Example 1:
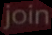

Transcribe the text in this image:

join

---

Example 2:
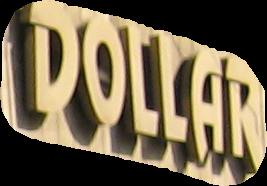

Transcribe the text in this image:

DOLLAR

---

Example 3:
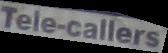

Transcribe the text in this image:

Tele-callers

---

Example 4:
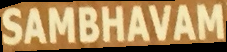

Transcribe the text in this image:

SAMBHAVAM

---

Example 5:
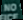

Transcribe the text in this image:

NO